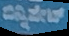
ಬಿನ್ನಪೇಟ್